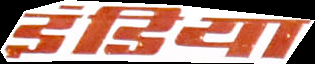
इंडिया